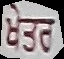
ਖੇਤਰ